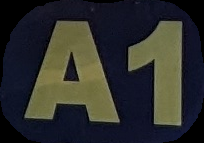
A1